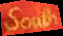
South